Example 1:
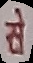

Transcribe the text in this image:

से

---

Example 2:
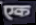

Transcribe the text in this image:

एक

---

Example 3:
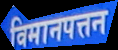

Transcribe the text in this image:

विमानपत्तन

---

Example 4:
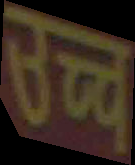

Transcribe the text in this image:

उच्च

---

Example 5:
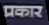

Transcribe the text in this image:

प्रकार